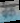
बैंक